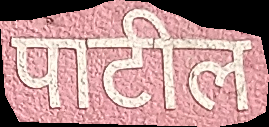
पाटील